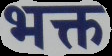
भक्त